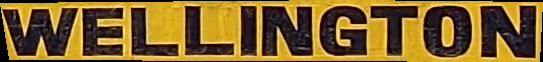
WELLINGTON